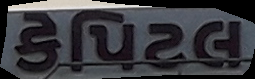
કેપિટલ